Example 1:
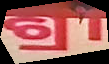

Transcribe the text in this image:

ଶ୍ରା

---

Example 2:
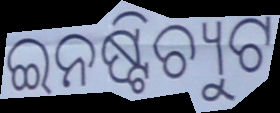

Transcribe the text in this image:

ଇନଷ୍ଟିଚ୍ୟୁଟ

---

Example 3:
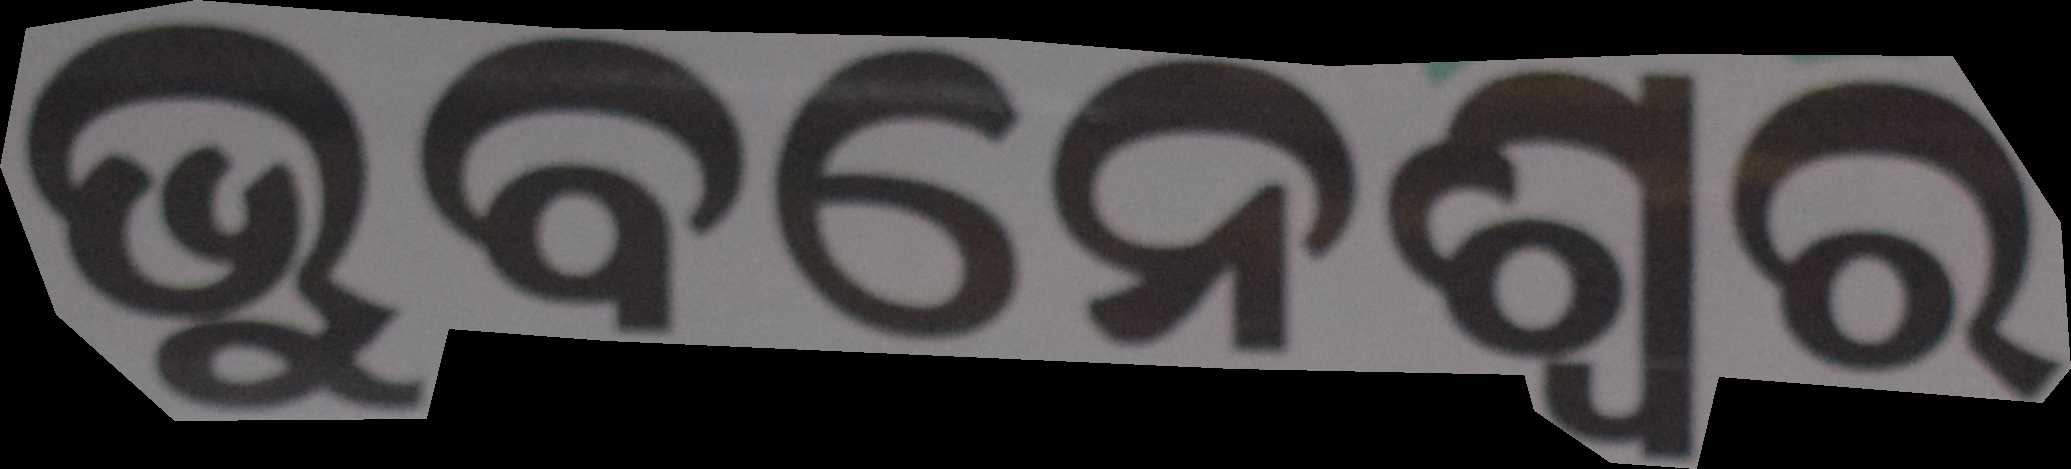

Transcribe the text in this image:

ଭୁବନେଶ୍ବର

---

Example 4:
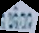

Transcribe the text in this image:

ଅଭିଯାନ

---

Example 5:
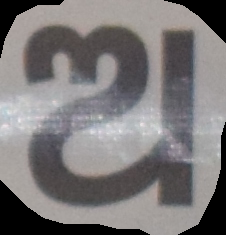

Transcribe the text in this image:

ଅ